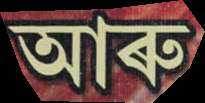
আৰু